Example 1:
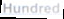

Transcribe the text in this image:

Hundred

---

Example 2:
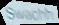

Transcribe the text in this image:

Swachh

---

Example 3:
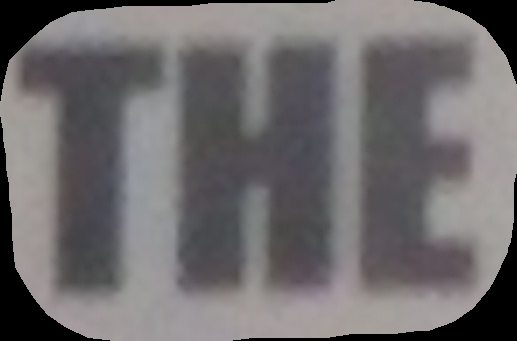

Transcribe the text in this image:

THE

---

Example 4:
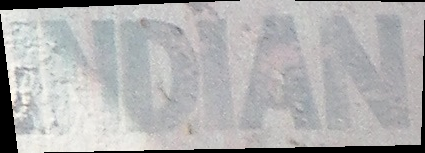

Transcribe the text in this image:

INDIAN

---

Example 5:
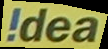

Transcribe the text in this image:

!dea